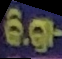
ଳି.ଗ୍ରା-